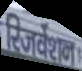
रिजर्वेशन